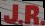
J.R.